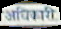
अधिकारी